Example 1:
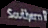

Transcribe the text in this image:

Southern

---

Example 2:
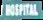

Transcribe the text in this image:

HOSPITAL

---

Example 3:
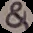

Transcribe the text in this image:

&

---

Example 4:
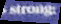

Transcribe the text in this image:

strong:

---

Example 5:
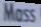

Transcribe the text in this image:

Mass